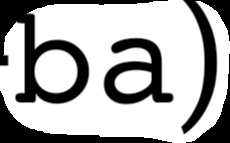
ba)